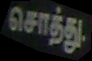
சொத்து,